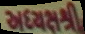
અઘ્યક્ષશ્રી